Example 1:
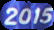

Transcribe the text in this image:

2015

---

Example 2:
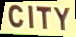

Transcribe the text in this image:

CITY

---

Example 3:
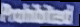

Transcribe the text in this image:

Prohibited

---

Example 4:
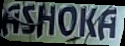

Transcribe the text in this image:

ASHOKA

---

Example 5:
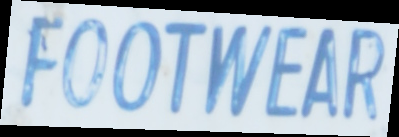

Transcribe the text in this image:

FOOTWEAR